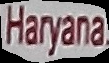
Haryana.